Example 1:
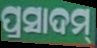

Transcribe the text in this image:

ପ୍ରସାଦମ୍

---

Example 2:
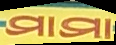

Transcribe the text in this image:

ମାମା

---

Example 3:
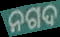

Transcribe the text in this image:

ନଗଦ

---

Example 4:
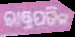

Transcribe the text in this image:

ରାଷ୍ଟ୍ରପତିକ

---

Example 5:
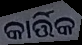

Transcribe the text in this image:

କାର୍ମିକ